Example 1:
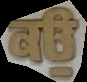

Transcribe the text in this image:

ਕਉ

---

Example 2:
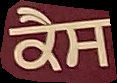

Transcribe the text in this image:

ਕੈਸ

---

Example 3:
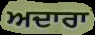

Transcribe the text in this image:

ਅਦਾਰਾ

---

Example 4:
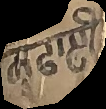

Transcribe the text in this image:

ਮਫਾਈ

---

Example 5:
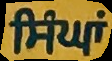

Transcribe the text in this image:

ਸਿੰਘਾਂ